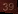
39